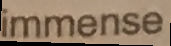
immense